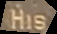
HIS